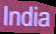
India